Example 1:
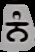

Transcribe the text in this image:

ਨੰ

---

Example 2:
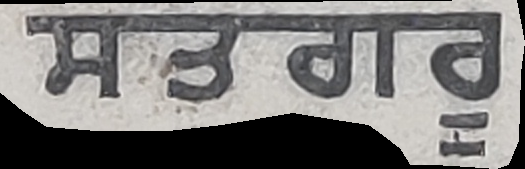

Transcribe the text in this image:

ਸਤਗਰੂ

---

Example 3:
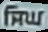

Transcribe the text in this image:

ਸਿਘ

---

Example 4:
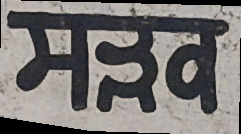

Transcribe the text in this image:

ਸੜਕ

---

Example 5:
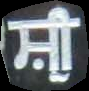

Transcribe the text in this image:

ਸ਼ੀੁ